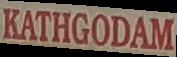
KATHGODAM